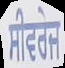
ਸੀਵਰੇਜ